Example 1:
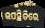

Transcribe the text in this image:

ଉପସ୍ଥିତିରେ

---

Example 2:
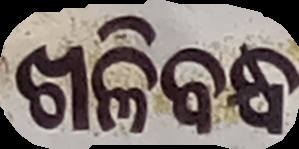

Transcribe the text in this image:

ଖଳିବଦ୍ଧ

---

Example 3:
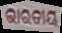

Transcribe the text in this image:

ଭାରତୀୟ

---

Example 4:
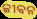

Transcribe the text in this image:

ଜୀବନ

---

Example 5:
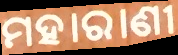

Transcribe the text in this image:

ମହାରାଣୀ